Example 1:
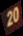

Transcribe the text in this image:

20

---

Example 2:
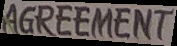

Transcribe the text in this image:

AGREEMENT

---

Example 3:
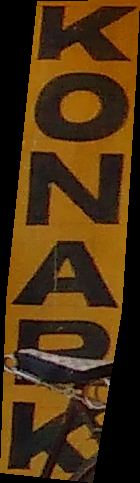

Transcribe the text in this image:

KONARK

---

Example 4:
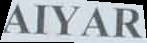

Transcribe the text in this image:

AIYAR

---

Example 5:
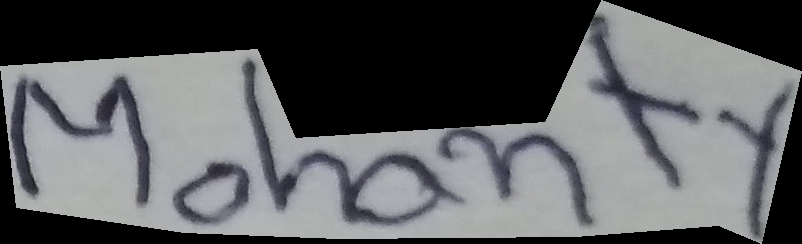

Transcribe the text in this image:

Mohanty